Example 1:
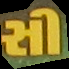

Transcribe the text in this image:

સી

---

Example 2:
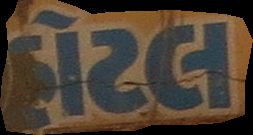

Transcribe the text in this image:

હોટલ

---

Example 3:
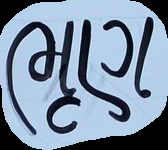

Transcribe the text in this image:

ભૃણ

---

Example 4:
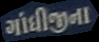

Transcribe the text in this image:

ગાંધીજીના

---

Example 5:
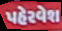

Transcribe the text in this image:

પહેરવેશ